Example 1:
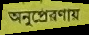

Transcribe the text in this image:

অনুপ্রেরণায়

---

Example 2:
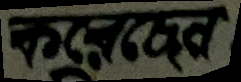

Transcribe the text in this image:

করেছেন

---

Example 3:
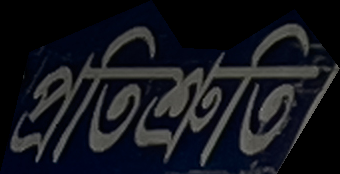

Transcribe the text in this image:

প্রতিশ্রুতি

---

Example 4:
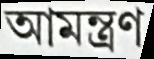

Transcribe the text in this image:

আমন্ত্রণ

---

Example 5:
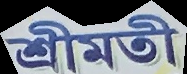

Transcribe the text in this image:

শ্রীমতী